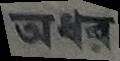
অধর